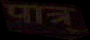
पात्र